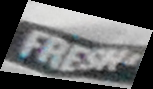
FRESH